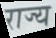
राज्य